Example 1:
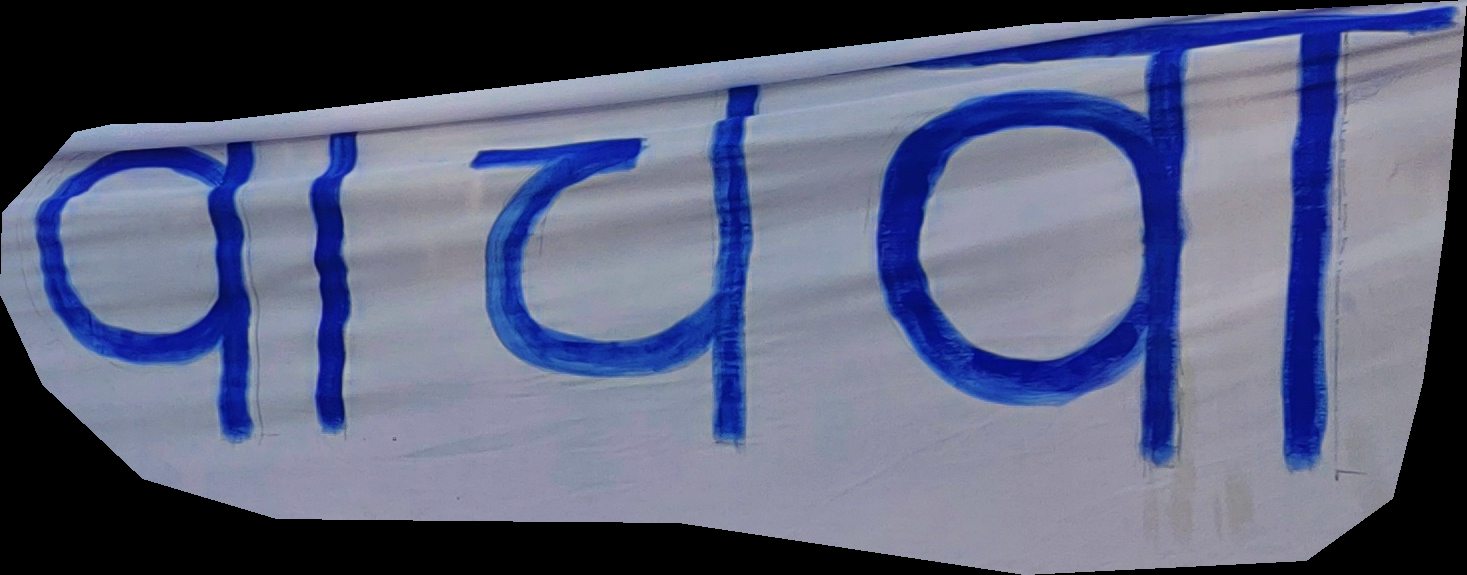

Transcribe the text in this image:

वाचवा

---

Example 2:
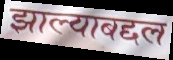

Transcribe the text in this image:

झाल्याबद्दल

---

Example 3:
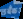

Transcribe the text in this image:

बँक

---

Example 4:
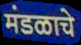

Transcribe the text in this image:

मंडळाचे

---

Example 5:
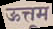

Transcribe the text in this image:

ऊत्तम